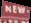
NEW